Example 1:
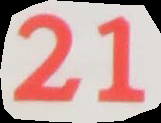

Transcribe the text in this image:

21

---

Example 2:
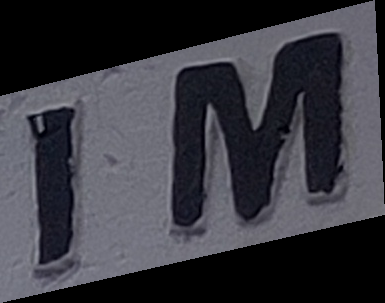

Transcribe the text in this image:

IM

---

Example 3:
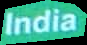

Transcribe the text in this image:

India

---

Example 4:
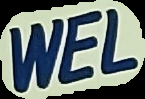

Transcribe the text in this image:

WEL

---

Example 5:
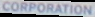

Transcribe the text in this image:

CORPORATION